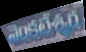
వెంకటేశ్వర